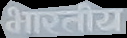
भारतीय